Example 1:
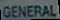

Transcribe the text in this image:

GENERAL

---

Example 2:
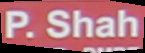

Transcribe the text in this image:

P.Shah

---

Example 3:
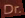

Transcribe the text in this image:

Dr.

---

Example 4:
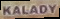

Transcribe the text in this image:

KALADY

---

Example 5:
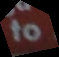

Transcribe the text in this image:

to